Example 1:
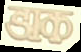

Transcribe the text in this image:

डाक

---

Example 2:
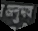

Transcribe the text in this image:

अनुभव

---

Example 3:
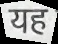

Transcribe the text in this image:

यह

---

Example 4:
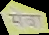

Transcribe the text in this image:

सेवा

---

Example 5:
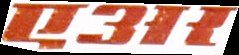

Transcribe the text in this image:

एअर